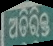
ଅତରକ୍ତ